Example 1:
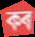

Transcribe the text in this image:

কৰ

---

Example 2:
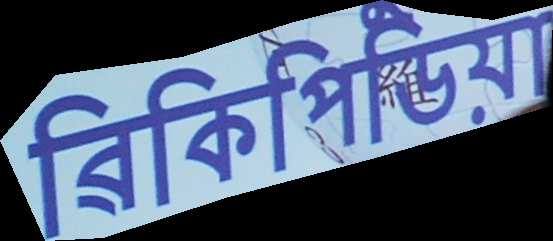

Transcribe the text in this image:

ৱিকিপিডিয়া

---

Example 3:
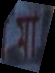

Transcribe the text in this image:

মা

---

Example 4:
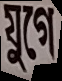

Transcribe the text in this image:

যুগে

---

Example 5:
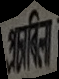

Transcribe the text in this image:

প্ৰচাৰিলা